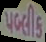
પબ્લીક